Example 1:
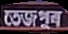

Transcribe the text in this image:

তেজপুৰ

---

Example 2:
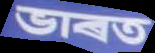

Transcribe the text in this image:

ভাৰত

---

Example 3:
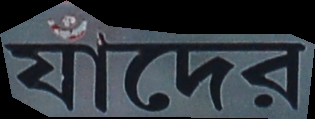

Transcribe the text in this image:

যাঁদের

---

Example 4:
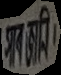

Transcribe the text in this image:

সাৰ জানি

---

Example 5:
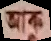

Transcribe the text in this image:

আক